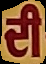
ਦੀ